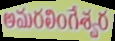
అమరలింగేశ్వర